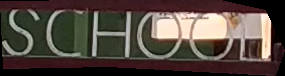
SCHOOL